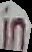
in